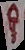
କୁ